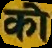
को